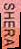
SHERA